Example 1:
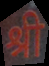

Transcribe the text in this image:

श्री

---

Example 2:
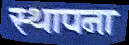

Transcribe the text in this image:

स्थापना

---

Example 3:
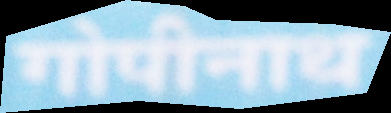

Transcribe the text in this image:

गोपीनाथ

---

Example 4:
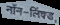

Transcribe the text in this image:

नॉन-लिंक्ड,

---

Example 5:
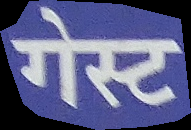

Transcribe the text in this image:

गेस्ट